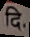
दि.